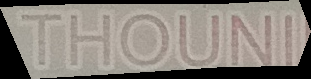
THOUNI